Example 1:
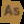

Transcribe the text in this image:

As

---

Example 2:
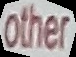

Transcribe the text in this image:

other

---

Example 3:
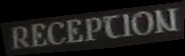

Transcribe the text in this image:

RECEPTION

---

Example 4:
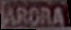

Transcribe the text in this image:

ARORA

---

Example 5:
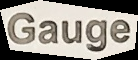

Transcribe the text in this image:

Gauge